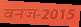
वनज-2015